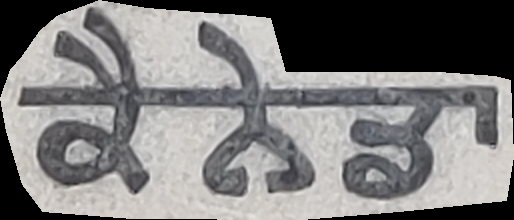
ਕੈਨੇਡਾ